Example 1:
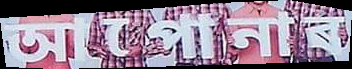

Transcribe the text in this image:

আপোনাৰ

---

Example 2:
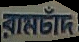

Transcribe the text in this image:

রামচাঁদ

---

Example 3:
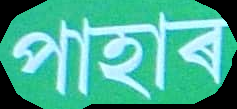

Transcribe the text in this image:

পাহাৰ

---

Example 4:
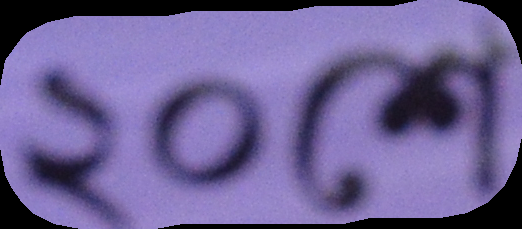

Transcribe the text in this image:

২০শে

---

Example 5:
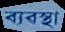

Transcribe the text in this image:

ব্যৱস্থা